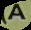
A